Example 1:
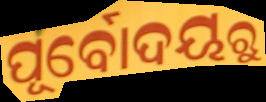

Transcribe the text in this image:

ପୂର୍ବୋଦୟକ୍ତ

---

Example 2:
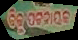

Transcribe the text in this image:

ବିଜୁ ପଟ୍ଟନାୟକ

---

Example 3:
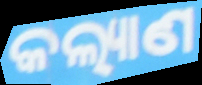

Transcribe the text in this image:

କଲ୍ଯାଣ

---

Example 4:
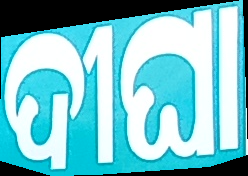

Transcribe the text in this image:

ଦୀଘା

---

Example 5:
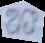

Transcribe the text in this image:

ଅଫ